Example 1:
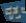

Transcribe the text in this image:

ವೃತ್ತ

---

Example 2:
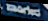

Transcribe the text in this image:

ಬಾಡಿಗೇರ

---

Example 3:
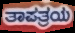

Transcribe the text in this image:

ತಾಪತ್ರಯ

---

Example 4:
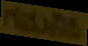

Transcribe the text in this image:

ಗಮನಿಸಿ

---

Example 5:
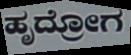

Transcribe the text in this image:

ಹೃದ್ರೋಗ